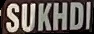
SUKHDI